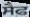
मैढ